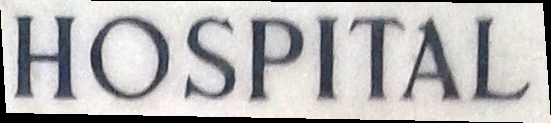
HOSPITAL